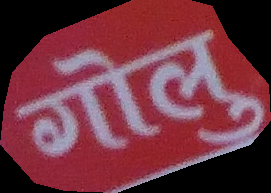
गॊल